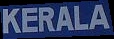
KERALA